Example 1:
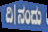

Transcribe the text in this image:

ವಿ1ನಂದು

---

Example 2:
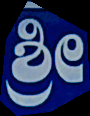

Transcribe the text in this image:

ಶ್ರೀ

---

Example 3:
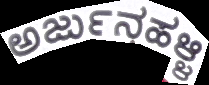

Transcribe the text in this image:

ಅರ್ಜುನಹಳ್ಳಿ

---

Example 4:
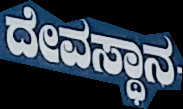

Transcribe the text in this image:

ದೇವಸ್ಧಾನ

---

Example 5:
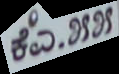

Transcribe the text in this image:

ಕೆಎ.೫೫